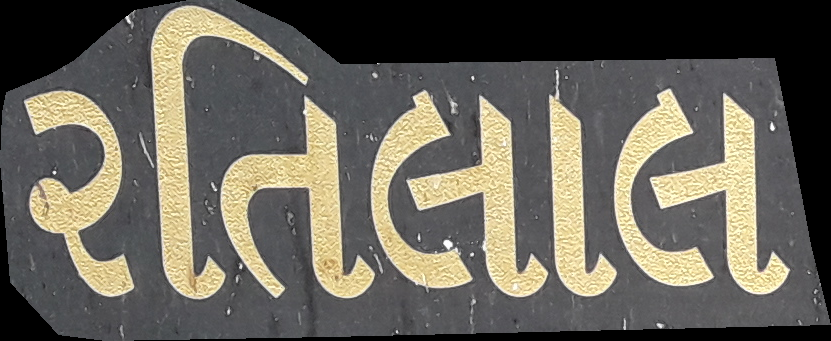
રતિલાલ